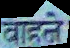
वाहने